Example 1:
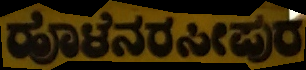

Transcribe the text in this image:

ಪೊಳೆನರಸೀಪುರ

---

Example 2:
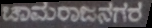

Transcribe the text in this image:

ಚಾಮರಾಜನಗರ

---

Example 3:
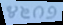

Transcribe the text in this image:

೪೬೧೨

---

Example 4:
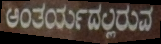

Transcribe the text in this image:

ಅಂತರ್ಯದಲ್ಲಿರುವ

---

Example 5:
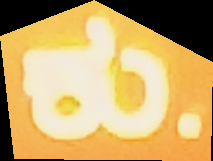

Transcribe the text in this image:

ಕು.